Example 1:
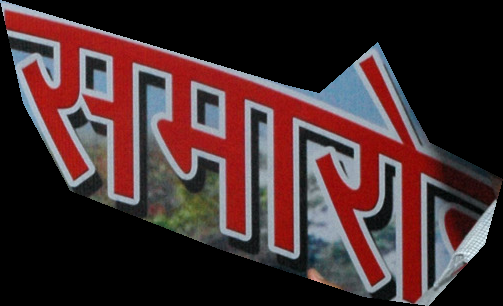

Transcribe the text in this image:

समारो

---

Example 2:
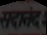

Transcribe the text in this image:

सदानंद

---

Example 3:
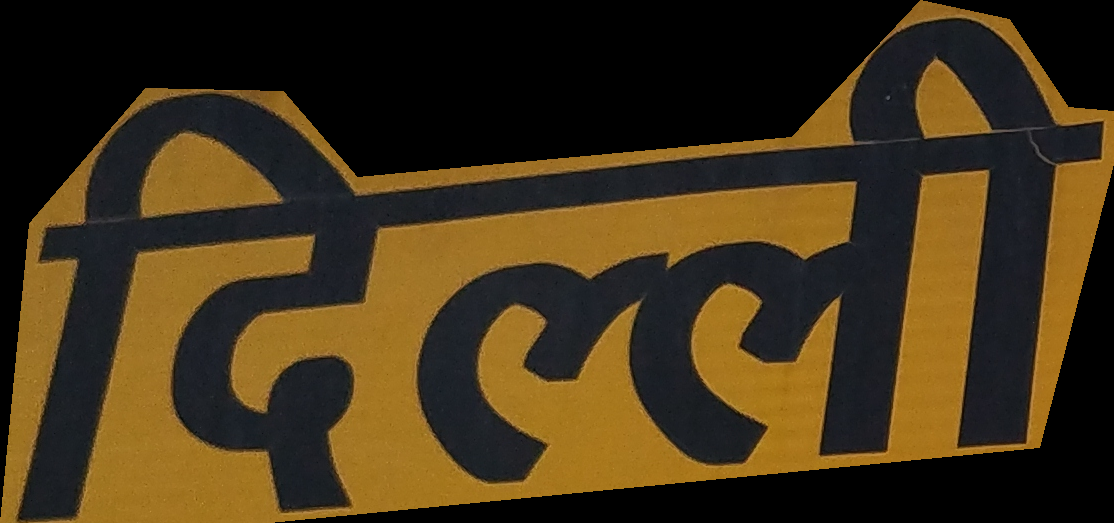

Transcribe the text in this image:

दिल्ली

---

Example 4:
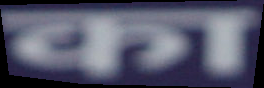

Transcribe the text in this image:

का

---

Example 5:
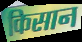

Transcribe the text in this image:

किसान